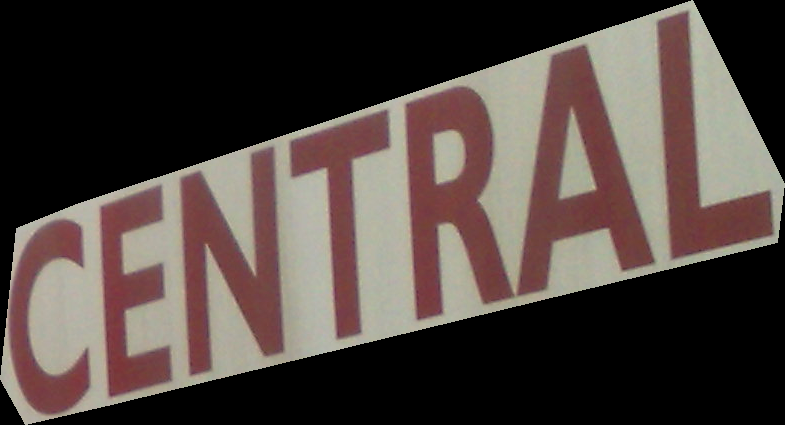
CENTRAL